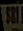
SRI